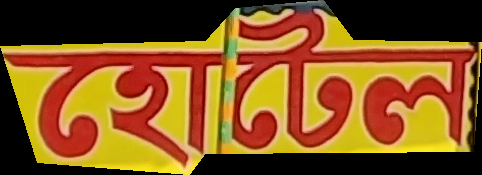
হোটেল